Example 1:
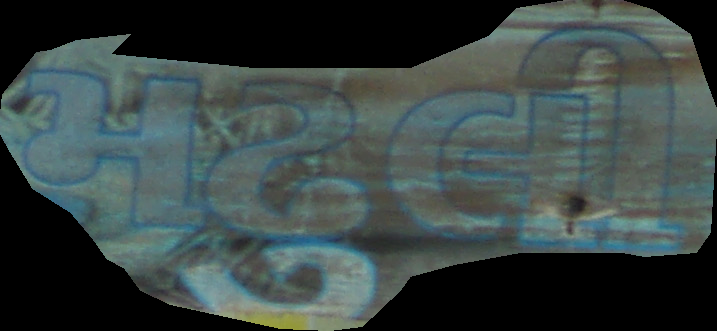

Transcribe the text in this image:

મઢુલી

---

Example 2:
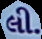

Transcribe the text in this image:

લી.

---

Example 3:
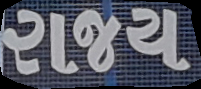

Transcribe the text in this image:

રાજય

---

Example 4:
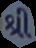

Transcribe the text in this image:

શ્રી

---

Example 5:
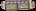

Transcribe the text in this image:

ભય